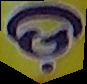
ତ଼